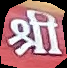
श्री